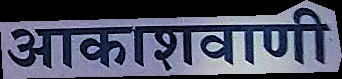
आकाशवाणी